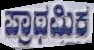
ಪ್ರಾಥಮಿಕ